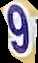
9